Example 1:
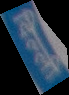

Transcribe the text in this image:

दिल्ली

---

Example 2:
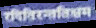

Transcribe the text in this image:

रवितिरन्ततिश्रम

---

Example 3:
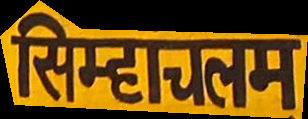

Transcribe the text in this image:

सिम्हाचलम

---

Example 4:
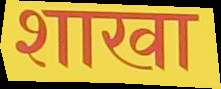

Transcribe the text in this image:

शाखा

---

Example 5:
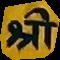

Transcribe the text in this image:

श्री